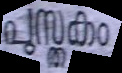
പുസ്തകം